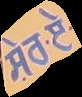
ਸੇਰਏ